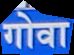
गोवा